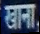
खाना